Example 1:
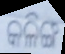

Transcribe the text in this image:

କଳିଙ୍ଗ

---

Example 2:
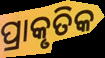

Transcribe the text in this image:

ପ୍ରାକୃତିକ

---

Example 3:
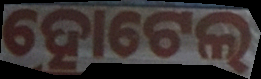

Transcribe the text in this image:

ହୋଟେଲ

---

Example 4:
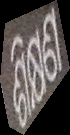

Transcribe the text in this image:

ଶିକ୍ଷଣ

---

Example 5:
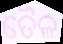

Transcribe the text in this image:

ତୈଳ